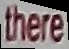
there